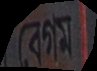
বেগম